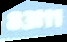
83111